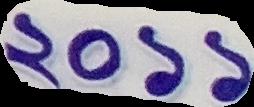
২০১১